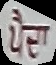
ਪੈਦਾ